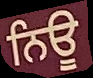
ਨਿਊ